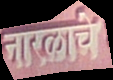
नारळाचे